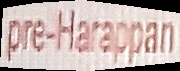
pre-Harappan